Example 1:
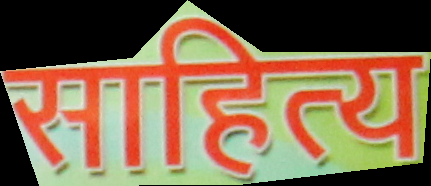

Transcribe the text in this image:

साहित्य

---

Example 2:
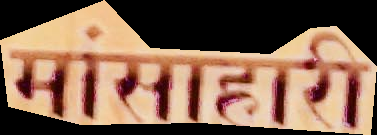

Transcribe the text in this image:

मांसाहारी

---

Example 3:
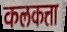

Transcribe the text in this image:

कलकत्ता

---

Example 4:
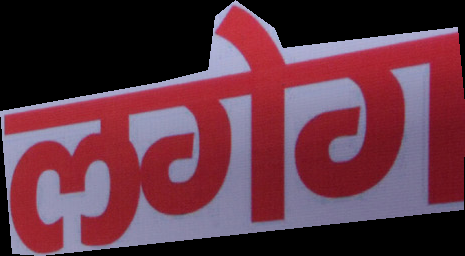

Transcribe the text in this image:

लगेग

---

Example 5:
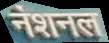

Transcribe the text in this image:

नेशनल